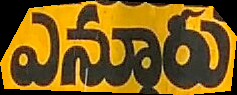
ఎన్నూరు